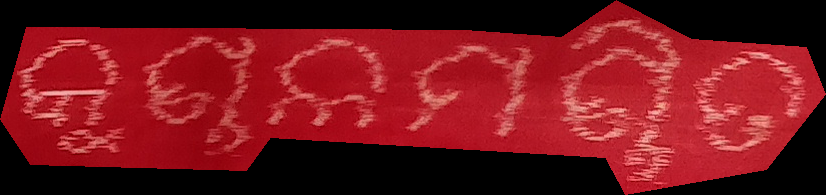
କୁମ୍ଭଳମଗ୍ନିତ